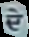
ਦੇ